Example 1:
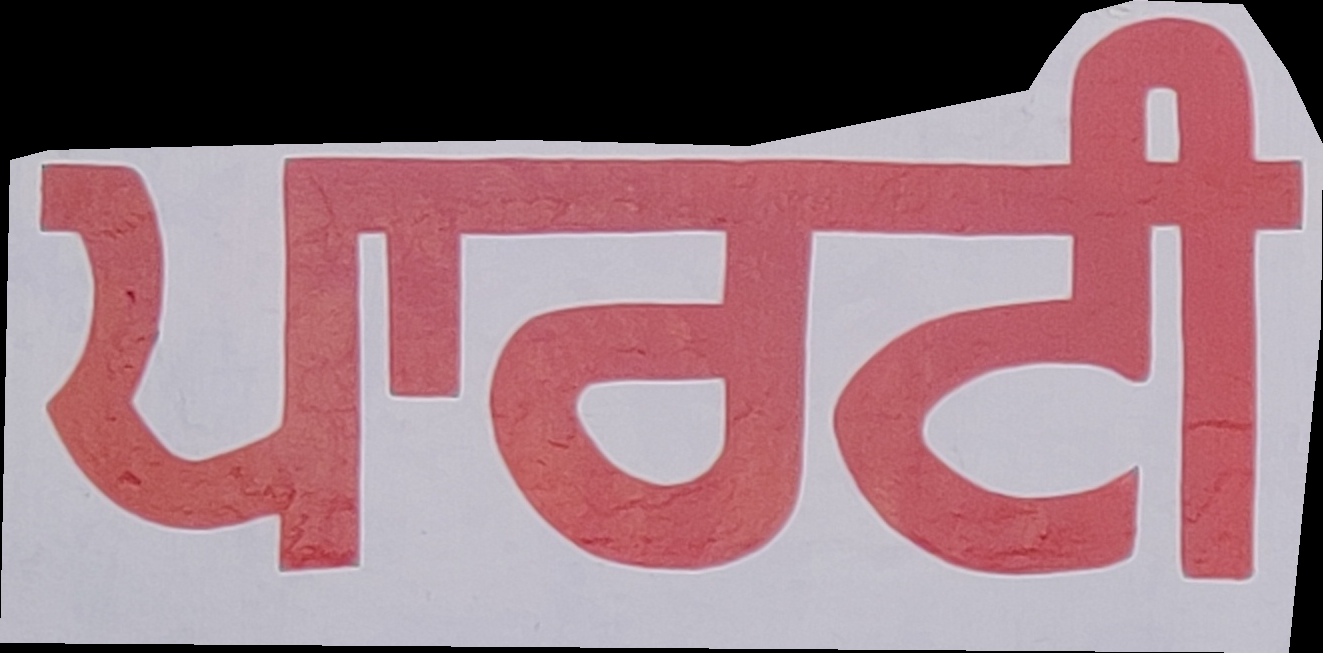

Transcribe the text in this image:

ਪਾਰਟੀ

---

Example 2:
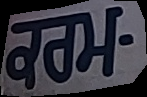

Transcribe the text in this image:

ਕਰਮ-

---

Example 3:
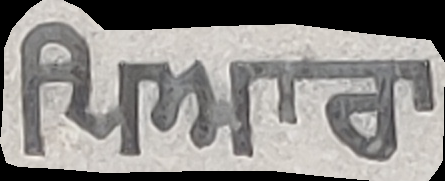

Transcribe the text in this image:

ਪਿਆਰਾ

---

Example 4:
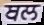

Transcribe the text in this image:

ਥਲ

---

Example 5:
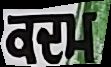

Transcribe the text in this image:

ਕਦਮ